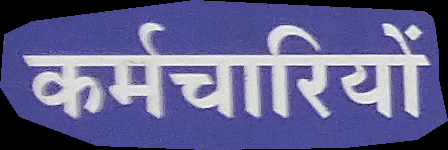
कर्मचारियों